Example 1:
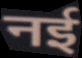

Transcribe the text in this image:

नई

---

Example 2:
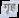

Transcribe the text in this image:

गृह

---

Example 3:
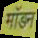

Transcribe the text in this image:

मॉडन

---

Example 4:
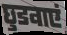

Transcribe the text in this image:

छुडवाएं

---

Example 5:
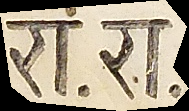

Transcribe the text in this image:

रां. रा.